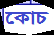
কোচ